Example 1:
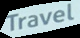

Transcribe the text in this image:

Travel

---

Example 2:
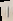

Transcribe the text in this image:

I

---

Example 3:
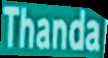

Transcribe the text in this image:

Thanda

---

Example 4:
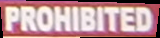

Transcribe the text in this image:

PROHIBITED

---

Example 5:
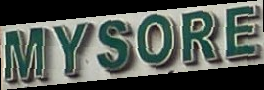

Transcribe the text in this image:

MYSORE